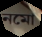
নমো